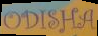
ODISHA